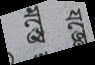
যজ্ঞেই নমস্তে হ